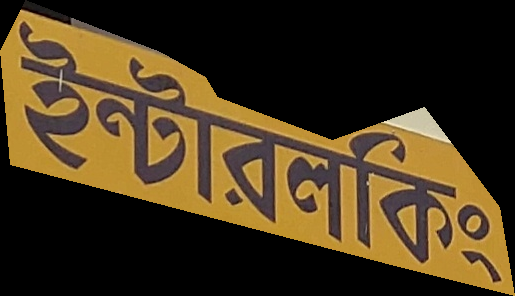
ইন্টারলকিং